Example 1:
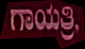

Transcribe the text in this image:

ಗಾಯತ್ರ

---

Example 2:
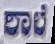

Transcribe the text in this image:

ಶಾಳ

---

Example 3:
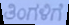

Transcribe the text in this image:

ತಿಂಗಳಿಗೆ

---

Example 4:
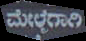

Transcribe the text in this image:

ಮೇಲೆಗಾಗಿ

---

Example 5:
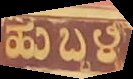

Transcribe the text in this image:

ಹುಬ್ಬಳ